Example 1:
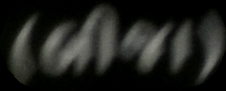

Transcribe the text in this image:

(બીજા)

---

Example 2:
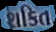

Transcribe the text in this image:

શકિત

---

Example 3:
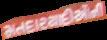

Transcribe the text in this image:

મતદારયાદીઓની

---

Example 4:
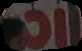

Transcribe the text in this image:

ગ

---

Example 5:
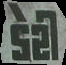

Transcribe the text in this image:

ડેરી